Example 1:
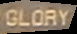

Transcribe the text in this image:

GLORY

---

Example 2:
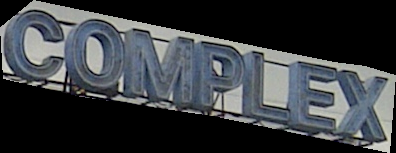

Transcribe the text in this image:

COMPLEX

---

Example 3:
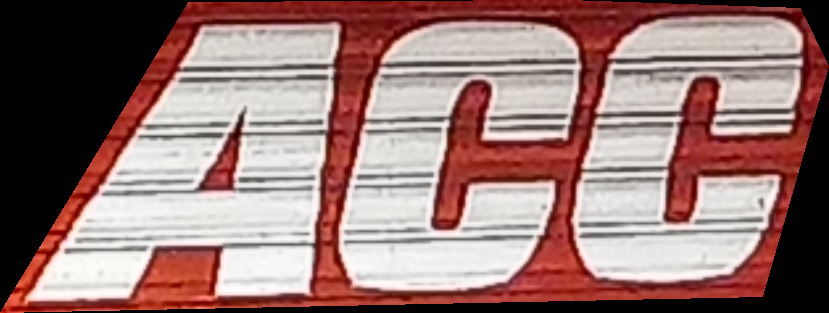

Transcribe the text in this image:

ACC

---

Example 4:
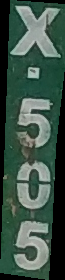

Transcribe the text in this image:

X-505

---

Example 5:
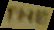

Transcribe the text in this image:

THE